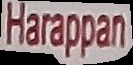
Harappan